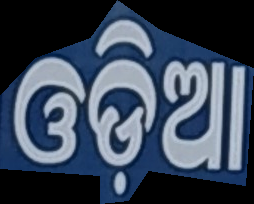
ଓଡ଼ିଆ